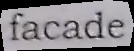
facade